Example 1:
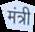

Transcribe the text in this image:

मंत्री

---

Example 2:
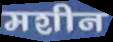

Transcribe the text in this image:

मशीन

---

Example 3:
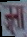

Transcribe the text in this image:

जूता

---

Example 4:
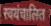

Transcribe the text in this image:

स्वयंचालित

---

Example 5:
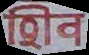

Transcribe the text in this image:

शिव